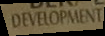
DEVELOPMENT